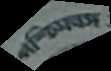
পশ্চিমবঙ্গ